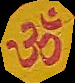
ॐ